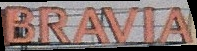
BRAVIA